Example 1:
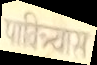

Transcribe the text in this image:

पावित्र्यास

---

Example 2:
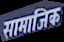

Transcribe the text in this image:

सामाजिक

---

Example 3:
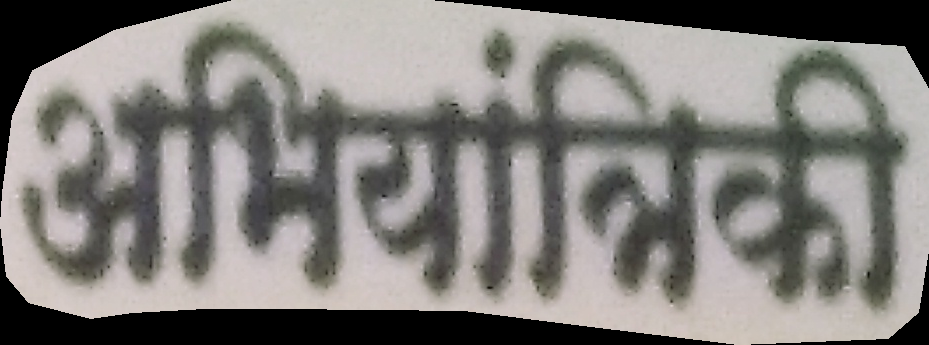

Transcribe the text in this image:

अभियांन्निकी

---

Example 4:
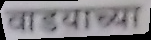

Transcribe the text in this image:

वाडयाच्या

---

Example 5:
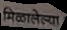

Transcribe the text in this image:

मिळालेल्या